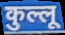
कुल्लू